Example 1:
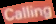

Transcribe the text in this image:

Calling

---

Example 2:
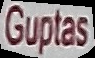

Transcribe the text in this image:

Guptas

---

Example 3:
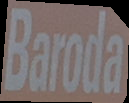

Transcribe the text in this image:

Baroda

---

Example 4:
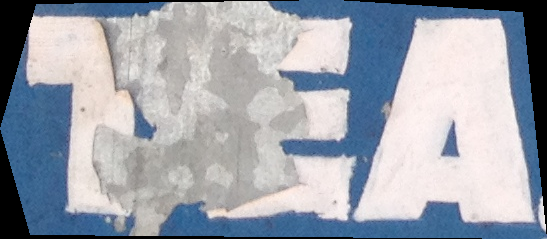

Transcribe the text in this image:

A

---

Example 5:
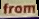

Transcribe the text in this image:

from